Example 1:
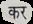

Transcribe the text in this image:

कर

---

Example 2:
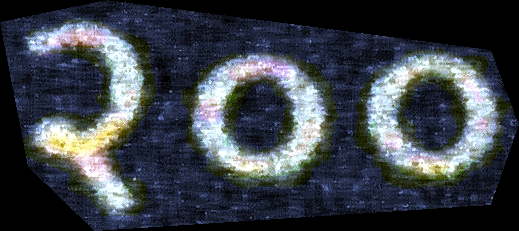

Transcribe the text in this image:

२००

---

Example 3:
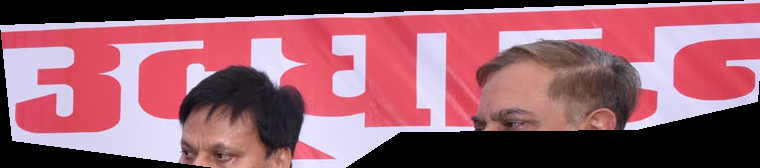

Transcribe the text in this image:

उद्घाटन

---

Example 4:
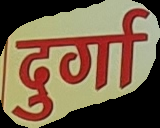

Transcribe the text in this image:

दुर्गा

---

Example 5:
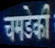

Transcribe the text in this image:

चमडेकी